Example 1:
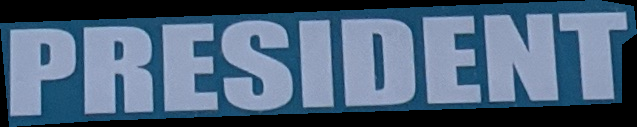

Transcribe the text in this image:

PRESIDENT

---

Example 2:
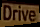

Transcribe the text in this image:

Drive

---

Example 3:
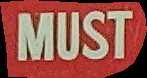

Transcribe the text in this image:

MUST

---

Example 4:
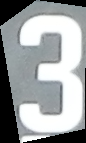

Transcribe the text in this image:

3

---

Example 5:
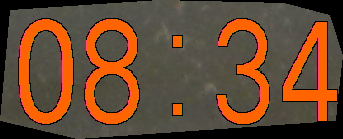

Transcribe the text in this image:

08:34